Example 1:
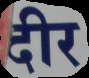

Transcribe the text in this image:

दीर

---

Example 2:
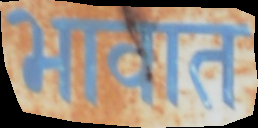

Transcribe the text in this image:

भावात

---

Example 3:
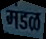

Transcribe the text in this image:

मंडळ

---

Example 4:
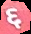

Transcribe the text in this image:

६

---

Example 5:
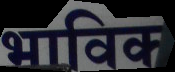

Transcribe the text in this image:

भाविक